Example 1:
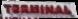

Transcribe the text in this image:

TERMINAL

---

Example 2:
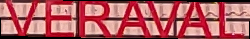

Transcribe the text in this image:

VERAVAL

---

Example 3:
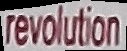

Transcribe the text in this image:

revolution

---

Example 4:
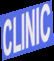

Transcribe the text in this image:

CLINIC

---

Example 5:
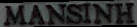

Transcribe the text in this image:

MANSINH